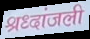
श्रध्दांजली